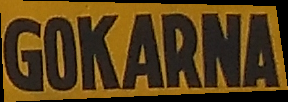
GOKARNA